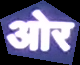
ओर